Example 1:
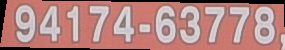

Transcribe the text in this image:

94174-63778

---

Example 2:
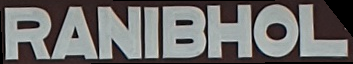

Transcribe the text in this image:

RANIBHOL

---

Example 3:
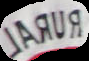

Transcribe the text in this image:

RURAL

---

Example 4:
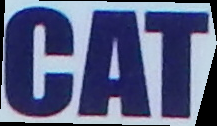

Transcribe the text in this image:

CAT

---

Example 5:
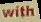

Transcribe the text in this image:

with